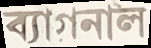
ব্যাগনাল